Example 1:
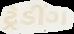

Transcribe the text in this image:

ટ્રેડીંગ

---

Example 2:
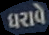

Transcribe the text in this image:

ધરાવે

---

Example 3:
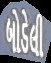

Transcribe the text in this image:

બોડેલી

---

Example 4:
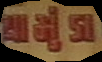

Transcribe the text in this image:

ચા મું ડા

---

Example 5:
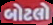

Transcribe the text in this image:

બોટલો